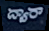
ద్వారా